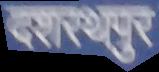
दशरथपुर